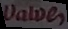
Values